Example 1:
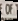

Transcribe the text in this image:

OF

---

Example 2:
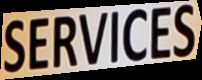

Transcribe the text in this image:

SERVICES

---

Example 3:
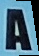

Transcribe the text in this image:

A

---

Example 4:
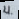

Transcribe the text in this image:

U.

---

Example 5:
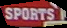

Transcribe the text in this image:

SPORTS